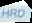
HRD